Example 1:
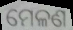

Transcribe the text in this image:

ମେଳଣ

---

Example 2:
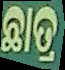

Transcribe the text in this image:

ଛାତ୍ର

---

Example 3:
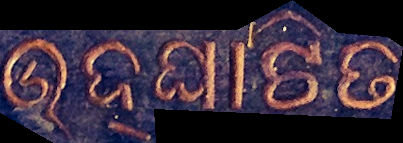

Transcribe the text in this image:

ଭଦ‌ଘାଟିତ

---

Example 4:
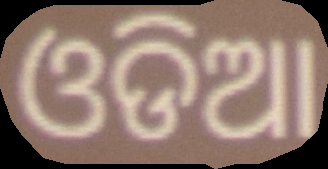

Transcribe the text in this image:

ଓଡିଆ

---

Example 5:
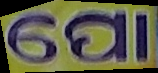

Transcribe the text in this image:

ପୋ